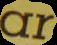
ar